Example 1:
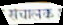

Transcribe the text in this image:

संचालक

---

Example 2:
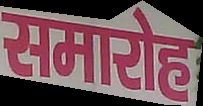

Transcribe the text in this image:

समारोह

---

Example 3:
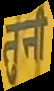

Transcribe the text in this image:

तुनी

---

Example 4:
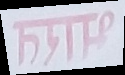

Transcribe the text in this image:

भारत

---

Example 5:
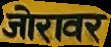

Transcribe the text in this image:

जोरावर